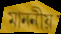
মাননীয়